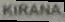
KIRANA